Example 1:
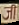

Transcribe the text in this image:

जॉं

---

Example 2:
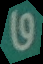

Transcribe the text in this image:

७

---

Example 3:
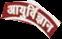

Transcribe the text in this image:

आयुर्विज्ञान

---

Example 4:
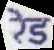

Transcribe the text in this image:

रेड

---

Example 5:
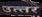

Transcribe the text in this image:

उत्तर